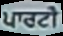
ਪਾਰਟੀ